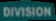
DIVISION